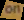
on